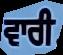
ਵਾਰੀ